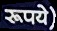
रूपये)